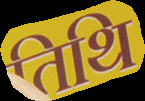
तिथि